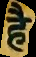
है